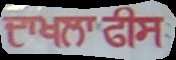
ਦਾਖਲਾਢੀਮ